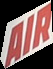
AIR